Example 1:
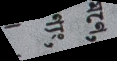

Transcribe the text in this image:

মণে,- রেণ্যং,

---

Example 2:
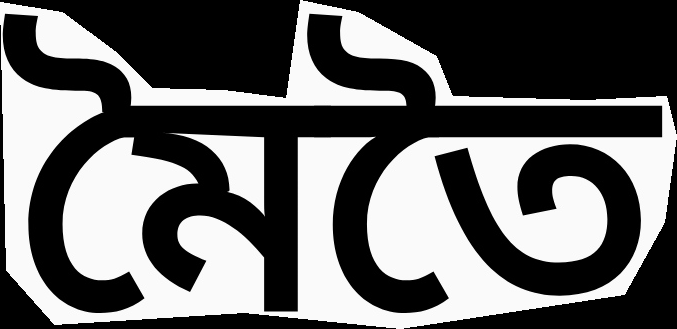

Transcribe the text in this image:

মৈতৈ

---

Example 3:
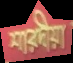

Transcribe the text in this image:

শারদীয়া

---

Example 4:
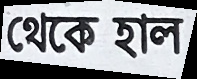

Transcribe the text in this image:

থেকে হাল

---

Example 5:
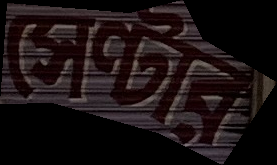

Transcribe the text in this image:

সেণ্টর